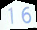
16